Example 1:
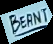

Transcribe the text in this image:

BERNT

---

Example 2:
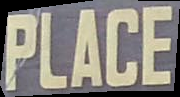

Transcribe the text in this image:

PLACE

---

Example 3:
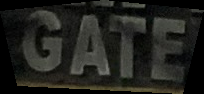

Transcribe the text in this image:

GATE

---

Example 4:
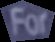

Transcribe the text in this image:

For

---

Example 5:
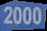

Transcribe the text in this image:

2000